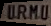
URMU